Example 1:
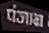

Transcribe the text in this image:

पंजाब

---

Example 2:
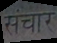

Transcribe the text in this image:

संचार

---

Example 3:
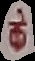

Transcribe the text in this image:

के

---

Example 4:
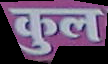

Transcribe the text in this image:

कुल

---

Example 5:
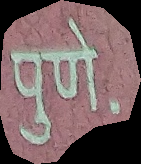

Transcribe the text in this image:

पुणे.